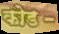
कोड-